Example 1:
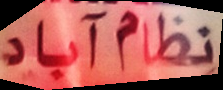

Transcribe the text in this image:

نظام آباد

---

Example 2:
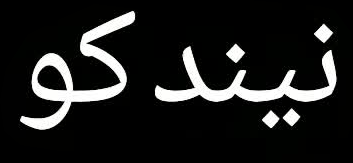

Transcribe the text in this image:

نیند کو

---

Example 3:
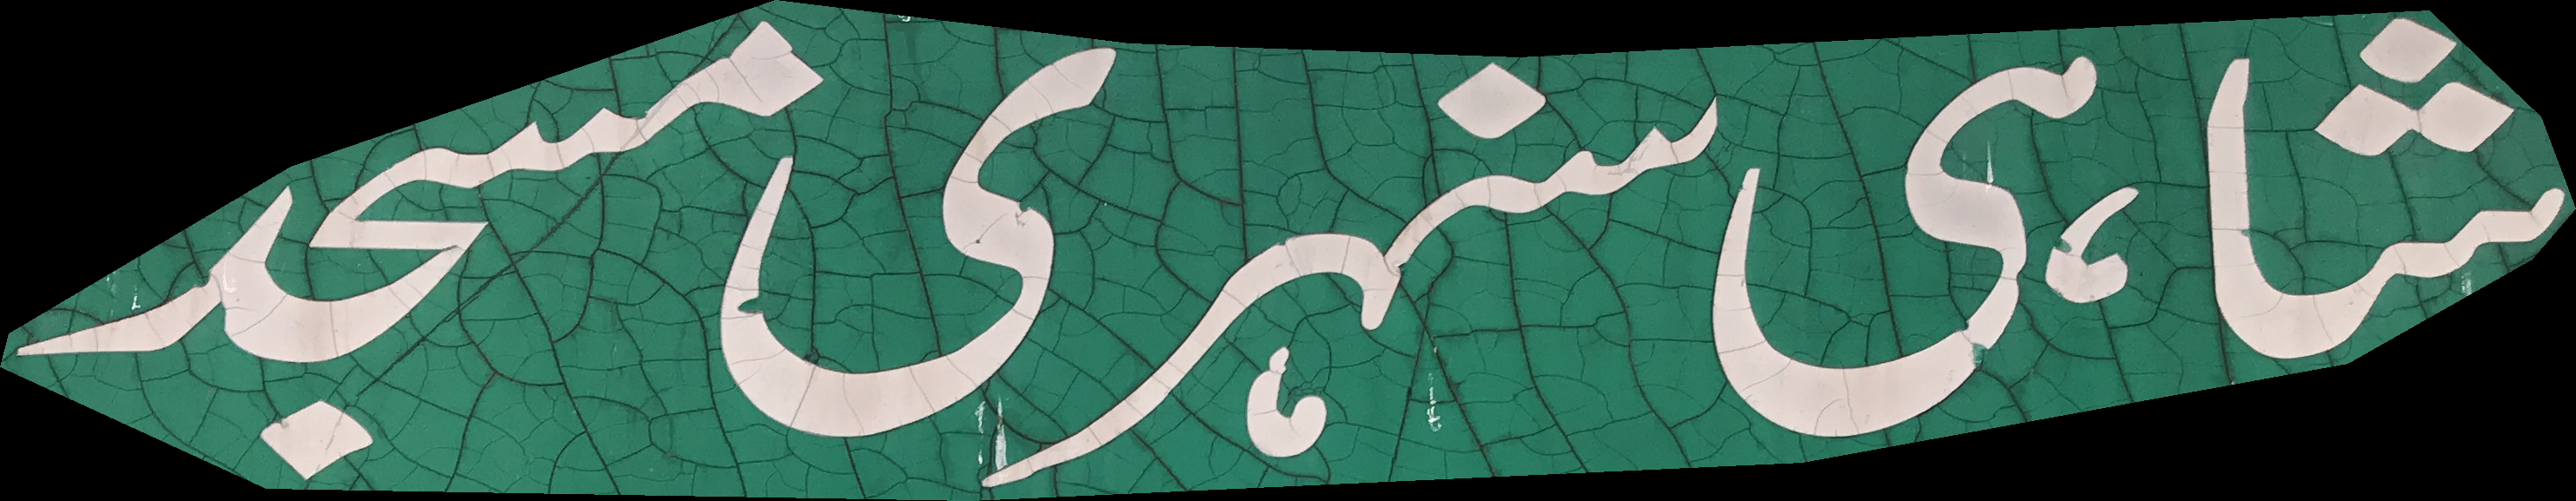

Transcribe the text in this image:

شاہی سنہری مسجد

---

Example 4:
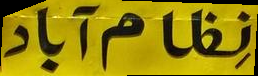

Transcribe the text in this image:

نظام آباد,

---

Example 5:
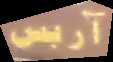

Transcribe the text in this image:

آریس